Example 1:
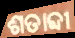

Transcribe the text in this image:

ଶତାବ୍ଦୀ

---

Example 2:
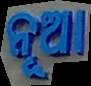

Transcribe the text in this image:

ଜୂଆ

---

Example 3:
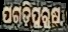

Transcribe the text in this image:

ପଗଡ଼ିପୁରୁଷ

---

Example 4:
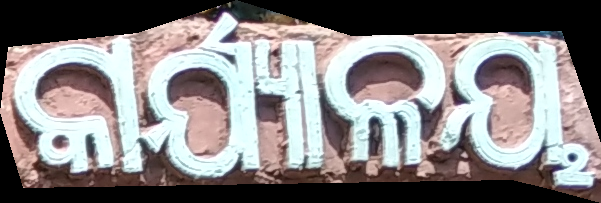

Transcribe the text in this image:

କାର୍ଯ୍ୟାଳୟ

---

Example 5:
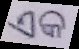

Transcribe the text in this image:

ଏକ